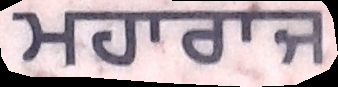
ਮਹਾਰਾਜ